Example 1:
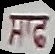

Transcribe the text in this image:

ਸਾਫ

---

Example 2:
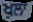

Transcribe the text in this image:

ਖਲਾ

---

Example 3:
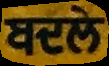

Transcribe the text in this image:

ਬਦਲੇ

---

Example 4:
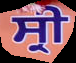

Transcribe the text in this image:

ਸ੍ਰੀ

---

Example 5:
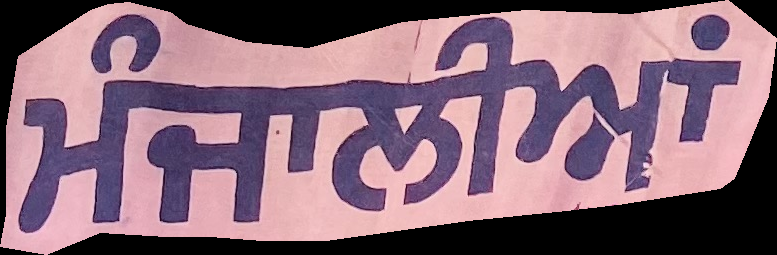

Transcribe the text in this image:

ਮੰਜਾਲੀਆਂ